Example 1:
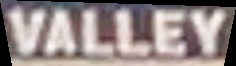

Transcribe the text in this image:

VALLEY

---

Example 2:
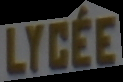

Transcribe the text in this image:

LYCEE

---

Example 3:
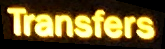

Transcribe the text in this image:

Transfers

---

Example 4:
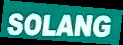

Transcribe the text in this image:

SOLANG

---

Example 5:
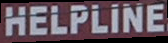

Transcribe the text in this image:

HELPLINE